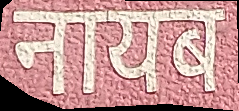
नायब